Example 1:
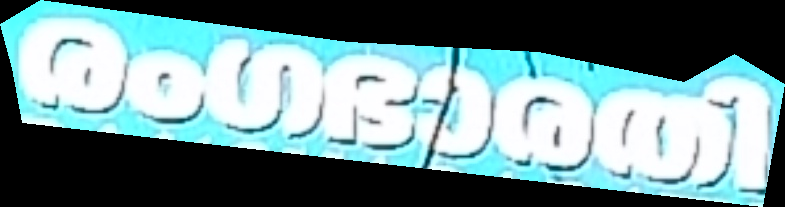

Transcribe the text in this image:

രംഗഭാരതി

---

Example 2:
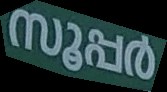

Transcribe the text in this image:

സൂപ്പർ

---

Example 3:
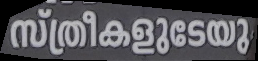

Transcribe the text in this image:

സ്‌ത്രീകളുടേയു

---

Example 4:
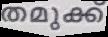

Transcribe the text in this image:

തമുക്ക്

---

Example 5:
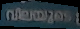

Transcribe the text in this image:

വിലയുടെ